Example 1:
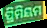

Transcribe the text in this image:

ପ୍ରିମିୟମ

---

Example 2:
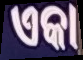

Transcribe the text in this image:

ଏକା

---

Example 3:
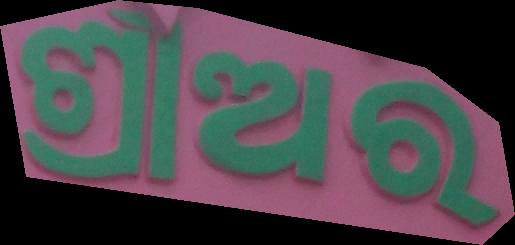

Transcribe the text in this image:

ଶ୍ରୀଅର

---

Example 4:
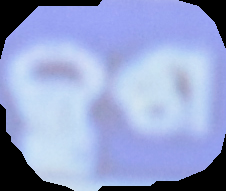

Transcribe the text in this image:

କୃଶ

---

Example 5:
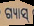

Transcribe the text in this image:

ଗ୍ୟାସ୍